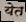
येत